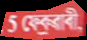
5 ফেব্রুৱাবী,